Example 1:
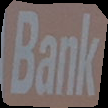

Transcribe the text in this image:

Bank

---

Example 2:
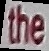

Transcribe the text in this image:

the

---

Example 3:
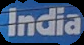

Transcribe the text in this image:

India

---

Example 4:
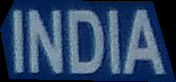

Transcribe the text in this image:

INDIA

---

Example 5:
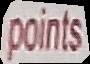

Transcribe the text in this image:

points